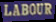
LABOUR